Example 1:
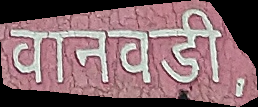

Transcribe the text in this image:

वानवडी,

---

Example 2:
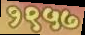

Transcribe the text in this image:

१९५७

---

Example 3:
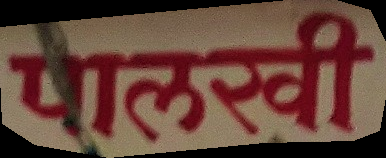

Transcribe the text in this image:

पालखी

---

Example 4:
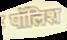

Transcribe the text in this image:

पॉलिश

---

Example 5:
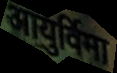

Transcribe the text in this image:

आयुर्विमा